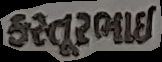
કસ્તુરભાઈ